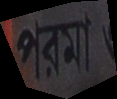
পরমা